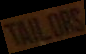
TAILORS